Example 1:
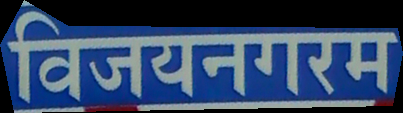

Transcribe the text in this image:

विजयनगरम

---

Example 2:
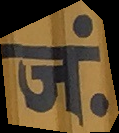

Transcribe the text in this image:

जं.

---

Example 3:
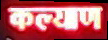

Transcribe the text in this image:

कल्याण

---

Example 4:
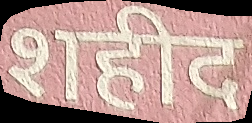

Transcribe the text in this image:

शहीद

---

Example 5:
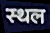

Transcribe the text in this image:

स्थल